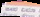
ಜೀವ ವಿಮಾ